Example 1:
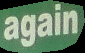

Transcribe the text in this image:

again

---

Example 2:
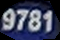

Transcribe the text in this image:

9781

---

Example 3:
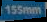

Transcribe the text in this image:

155mm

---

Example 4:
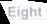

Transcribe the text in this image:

Eight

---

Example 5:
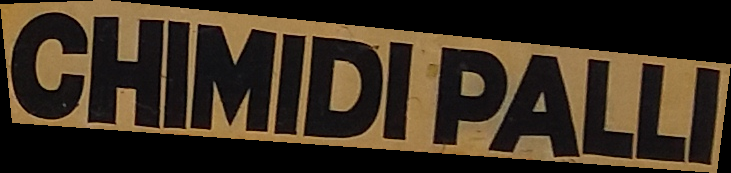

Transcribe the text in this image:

CHIMIDIPALLI